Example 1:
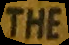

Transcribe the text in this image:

THE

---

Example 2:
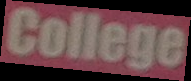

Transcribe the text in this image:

College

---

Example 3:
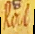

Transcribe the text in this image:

Roul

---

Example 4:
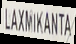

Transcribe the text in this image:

LAXMIKANTA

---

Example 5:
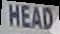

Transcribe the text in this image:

HEAD